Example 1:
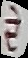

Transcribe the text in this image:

ਦੇ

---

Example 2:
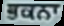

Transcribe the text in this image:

ਭਕਨਾ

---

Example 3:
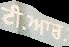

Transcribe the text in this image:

ਟੀ.ਆਰ.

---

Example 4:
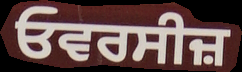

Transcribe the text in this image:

ਓਵਰਸੀਜ਼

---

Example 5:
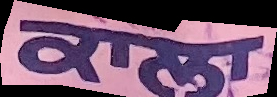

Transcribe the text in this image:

ਕਾਲਾ